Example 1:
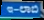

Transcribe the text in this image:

ಇ-ಲಾಬಿ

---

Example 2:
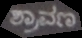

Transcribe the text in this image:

ಶ್ರಾವಣ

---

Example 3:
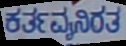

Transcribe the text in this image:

ಕರ್ತವ್ರನಿರತ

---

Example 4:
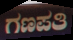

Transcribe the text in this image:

ಗಣಪತಿ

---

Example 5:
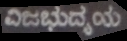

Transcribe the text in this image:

ವಿಜಭುದ್ಯಯ